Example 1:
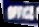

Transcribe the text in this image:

OFFICE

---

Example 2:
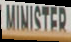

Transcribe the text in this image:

MINISTER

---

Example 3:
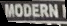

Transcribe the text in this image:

MODERN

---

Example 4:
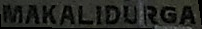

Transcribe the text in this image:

MAKALIDURGA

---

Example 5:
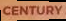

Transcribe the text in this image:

CENTURY